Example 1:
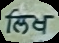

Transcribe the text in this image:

ਲਿਖ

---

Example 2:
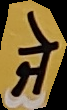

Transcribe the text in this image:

ਜੇ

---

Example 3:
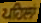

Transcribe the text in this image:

ਪਹਿਲਾਂ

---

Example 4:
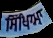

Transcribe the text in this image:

ਸਿੰਖਿਾਮਾ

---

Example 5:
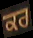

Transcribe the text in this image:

ਕਰ